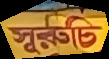
সুরুচি